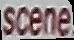
scene